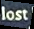
lost